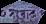
অসংখ্যক৷